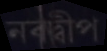
নবদ্বীপ